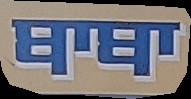
ਬਾਬਾ